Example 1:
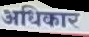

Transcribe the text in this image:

अधिकार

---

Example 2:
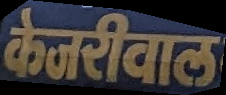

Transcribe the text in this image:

केजरीवाल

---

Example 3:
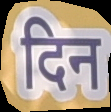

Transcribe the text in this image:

दिन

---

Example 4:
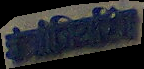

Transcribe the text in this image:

इंजीनियरिंग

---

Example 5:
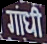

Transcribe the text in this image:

गांधी